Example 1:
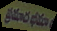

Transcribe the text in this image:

ప్రమాదభమా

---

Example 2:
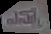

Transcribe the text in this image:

ఎన్నో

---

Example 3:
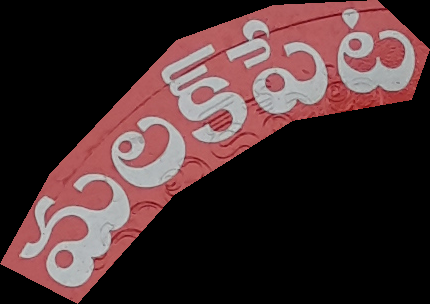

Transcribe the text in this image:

మలక్పేట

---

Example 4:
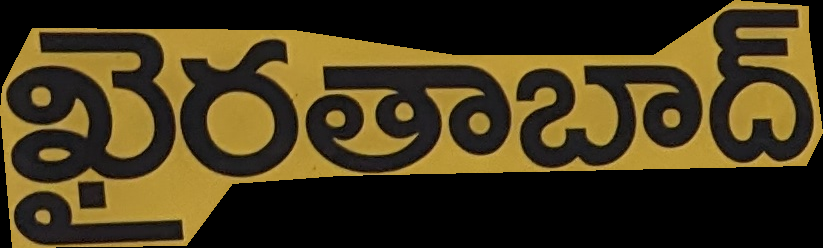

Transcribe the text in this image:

ఖైరతాబాద్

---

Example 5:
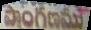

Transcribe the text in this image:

పాంగణము